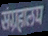
संग्रहालय